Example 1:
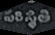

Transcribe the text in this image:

సరిస్థితి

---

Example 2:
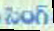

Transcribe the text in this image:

సెంగ్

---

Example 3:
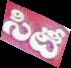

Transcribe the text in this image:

సిటీ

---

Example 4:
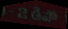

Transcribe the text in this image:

2డిపో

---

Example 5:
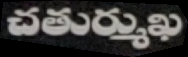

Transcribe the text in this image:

చతుర్ముఖ